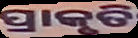
ପ୍ରାକୃତି